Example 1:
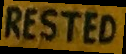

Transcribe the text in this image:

RESTED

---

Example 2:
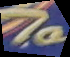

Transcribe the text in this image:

7a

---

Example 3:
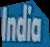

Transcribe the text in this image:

India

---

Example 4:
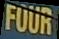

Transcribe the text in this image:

FOUR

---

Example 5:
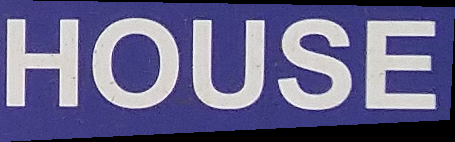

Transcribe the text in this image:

HOUSE